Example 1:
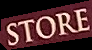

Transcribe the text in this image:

STORE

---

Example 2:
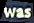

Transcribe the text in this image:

was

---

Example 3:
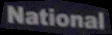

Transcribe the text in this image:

National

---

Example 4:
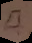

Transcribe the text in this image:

4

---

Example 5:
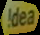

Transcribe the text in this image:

!dea